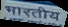
भारतीय